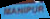
MANIPUR